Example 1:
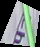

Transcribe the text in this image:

प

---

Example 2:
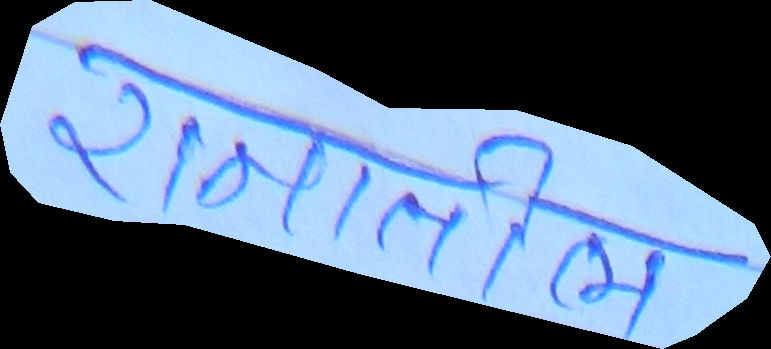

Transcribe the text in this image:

रानातील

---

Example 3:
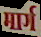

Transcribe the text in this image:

मार्ग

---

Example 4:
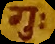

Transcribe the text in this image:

गुः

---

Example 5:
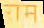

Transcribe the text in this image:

राम